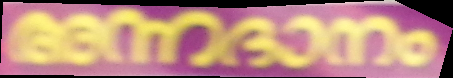
അന്നദാനം